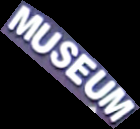
MUSEUM